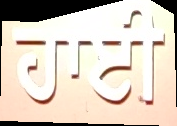
ਹਾਈ